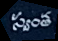
స్వంత